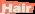
Hair